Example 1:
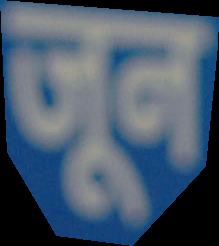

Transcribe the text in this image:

जून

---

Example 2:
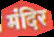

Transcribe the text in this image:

मंदिर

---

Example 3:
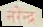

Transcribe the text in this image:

नरेन्द्र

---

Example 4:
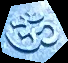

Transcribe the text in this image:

ॐ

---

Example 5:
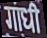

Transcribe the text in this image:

गांधी